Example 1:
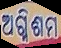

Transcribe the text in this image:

ଅଗ୍ନିଶମ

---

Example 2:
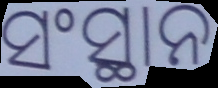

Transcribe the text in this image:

ସଂସ୍ଥାନ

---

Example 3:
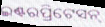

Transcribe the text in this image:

ଇଣ୍ଟରପ୍ରିଟେସନ୍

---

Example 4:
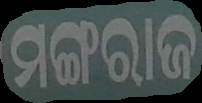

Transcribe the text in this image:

ମଙ୍ଗରାଜ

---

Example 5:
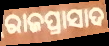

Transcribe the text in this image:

ରାଜପ୍ରାସାଦ